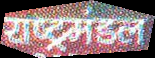
राष्ट्रमंडल